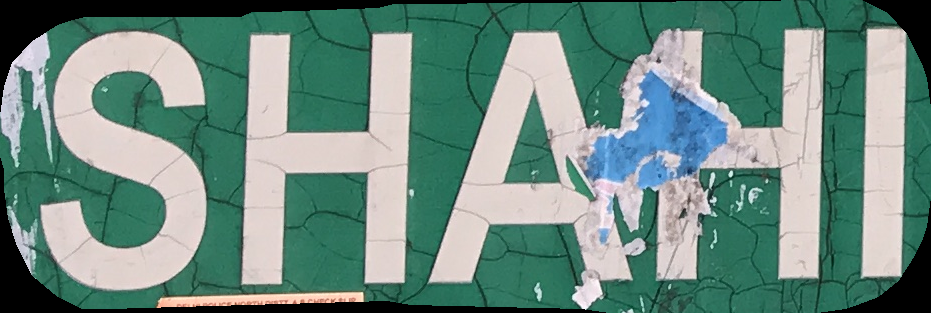
SHAHI